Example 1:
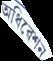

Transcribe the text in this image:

অধিৱেশন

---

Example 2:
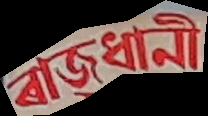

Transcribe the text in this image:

ৰাজধানী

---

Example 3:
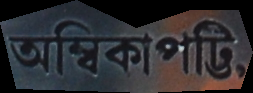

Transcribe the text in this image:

অম্বিকাপট্টি,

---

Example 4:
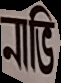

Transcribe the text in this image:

নাভি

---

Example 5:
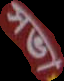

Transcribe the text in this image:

সভা